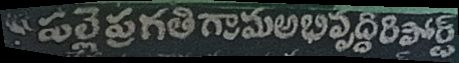
పల్లె ప్రగతి గ్రామఅభివృద్ధిరిపోర్ట్